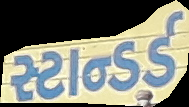
સ્ટાન્ડર્ડ